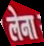
लेना